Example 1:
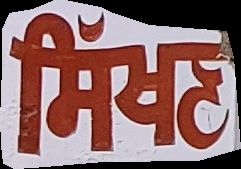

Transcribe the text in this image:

ਸਿੱਖਣ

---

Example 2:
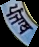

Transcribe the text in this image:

ਪੰਜਾਬ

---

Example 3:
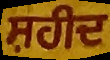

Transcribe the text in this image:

ਸਹੀਦ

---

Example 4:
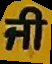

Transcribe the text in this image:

ਜੀ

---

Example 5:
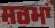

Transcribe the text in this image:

ਸ਼ਰਮਾਂ